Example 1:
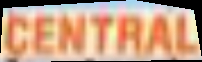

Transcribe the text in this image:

CENTRAL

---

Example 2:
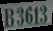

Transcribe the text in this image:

B3613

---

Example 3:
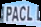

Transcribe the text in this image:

PACL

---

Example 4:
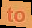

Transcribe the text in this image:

to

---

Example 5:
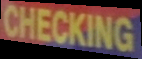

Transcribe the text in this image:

CHECKING